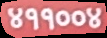
४११००४